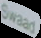
Swaad